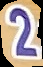
2